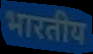
भारतीय